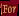
For